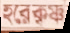
হরেকৃষ্ণ